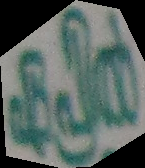
ഏപീൻ